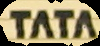
TATA